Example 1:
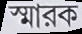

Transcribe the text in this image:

স্মারক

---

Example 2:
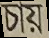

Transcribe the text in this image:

চায়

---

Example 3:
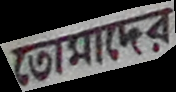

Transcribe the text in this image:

তোমাদের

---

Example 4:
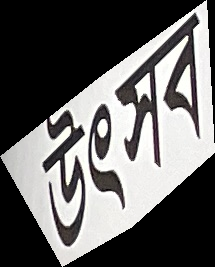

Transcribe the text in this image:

উৎসব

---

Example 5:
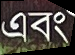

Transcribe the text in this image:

এবং